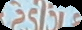
ટેડીંગ